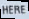
HERE